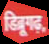
डिब्रूगढ़,